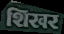
शिखर